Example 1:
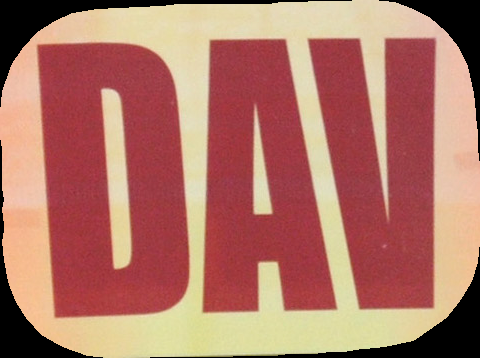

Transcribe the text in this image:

DAV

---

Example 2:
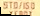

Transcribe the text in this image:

STD/ISD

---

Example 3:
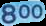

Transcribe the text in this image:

800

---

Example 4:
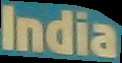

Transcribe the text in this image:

India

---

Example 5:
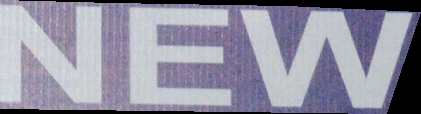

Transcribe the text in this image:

NEW